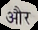
और